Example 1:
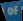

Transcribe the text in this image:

OF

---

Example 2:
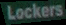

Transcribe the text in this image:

Lockers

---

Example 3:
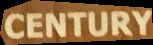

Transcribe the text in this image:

CENTURY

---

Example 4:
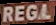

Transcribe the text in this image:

REGL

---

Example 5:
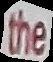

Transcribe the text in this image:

the